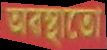
অবস্থাতো